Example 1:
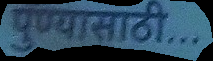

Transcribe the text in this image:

पुण्यासाठी...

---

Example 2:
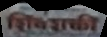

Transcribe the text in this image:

शिवशक्ती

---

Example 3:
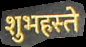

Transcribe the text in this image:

शुभहस्ते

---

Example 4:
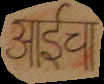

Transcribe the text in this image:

आईचा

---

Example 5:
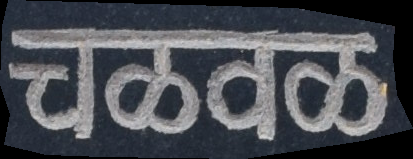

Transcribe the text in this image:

चळवळ